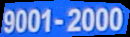
9001-2000